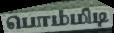
பொம்மிடி